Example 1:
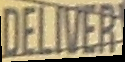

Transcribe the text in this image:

DELIVER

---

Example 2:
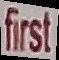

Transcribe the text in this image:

first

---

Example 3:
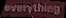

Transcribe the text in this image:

everything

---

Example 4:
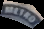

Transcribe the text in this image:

METRO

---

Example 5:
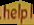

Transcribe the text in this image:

help